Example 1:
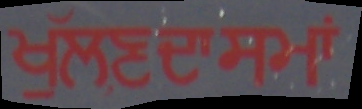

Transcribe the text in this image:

ਖੁਲਣਦਾਸਮਾ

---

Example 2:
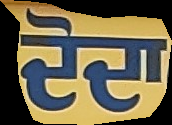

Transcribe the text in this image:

ਦੋਦਾ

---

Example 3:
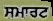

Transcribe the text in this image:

ਸਮਾਰਟ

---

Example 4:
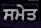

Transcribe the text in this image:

ਸਮੇਤ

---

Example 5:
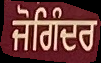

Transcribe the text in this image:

ਜੋਗਿੰਦਰ